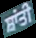
ਸ਼ਾਂਤੀ